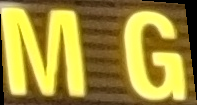
MG